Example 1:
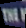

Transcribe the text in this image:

THE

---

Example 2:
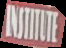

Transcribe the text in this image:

INSTITUTE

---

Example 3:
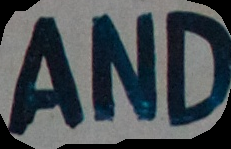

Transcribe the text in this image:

AND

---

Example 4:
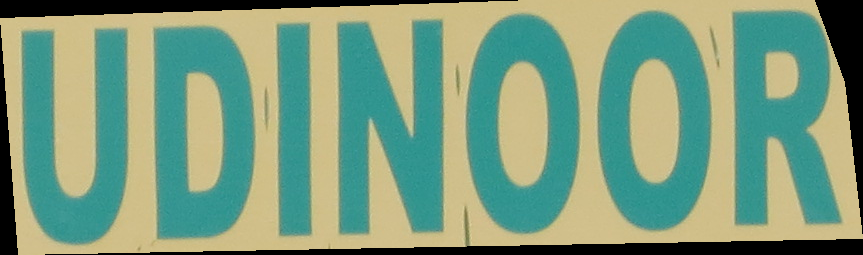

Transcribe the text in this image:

UDINOOR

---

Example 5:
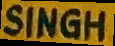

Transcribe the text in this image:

SINGH